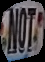
NOT